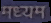
मध्यम